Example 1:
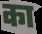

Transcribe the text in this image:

का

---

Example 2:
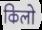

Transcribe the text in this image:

किलो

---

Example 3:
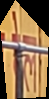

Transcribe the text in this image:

ल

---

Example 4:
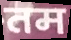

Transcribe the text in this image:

तम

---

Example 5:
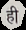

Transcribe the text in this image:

ह‌ी